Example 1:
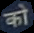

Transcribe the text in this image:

को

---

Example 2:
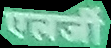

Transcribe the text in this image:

एलर्जी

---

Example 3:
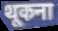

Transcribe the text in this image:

थूकना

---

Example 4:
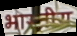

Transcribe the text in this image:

भारतीय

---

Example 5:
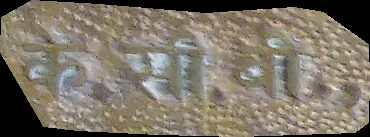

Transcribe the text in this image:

के.सी.बी.,